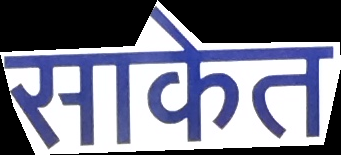
साकेत